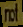
not